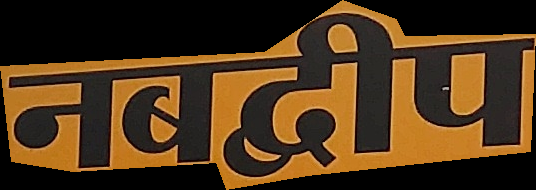
नबद्वीप